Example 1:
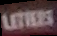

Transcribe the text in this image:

LETTERS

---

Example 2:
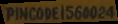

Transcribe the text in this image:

PINCODE1560024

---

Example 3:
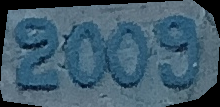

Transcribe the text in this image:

2009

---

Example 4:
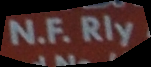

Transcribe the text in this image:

N.F.Rly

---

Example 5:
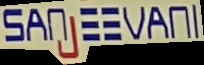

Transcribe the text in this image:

SANJEEVANI